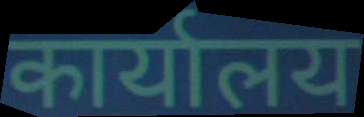
कार्यालय